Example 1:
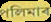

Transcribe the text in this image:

পলিমাৰ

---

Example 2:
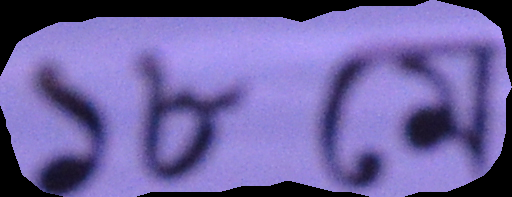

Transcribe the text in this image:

১৮মে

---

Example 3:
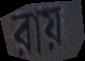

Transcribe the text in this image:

রায়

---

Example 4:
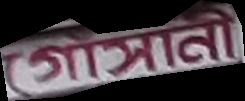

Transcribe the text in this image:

গোসানী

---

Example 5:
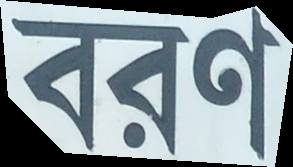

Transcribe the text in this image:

বরণ